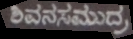
ಶಿವನಸಮುದ್ರ